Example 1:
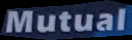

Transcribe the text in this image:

Mutual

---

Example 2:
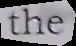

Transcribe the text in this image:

the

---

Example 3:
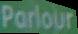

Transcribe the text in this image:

Parlour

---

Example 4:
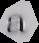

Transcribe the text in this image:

a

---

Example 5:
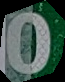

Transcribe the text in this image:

0